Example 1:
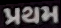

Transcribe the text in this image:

પ્રથમ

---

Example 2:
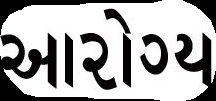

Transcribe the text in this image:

આરોગ્ય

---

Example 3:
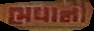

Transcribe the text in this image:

ભવાની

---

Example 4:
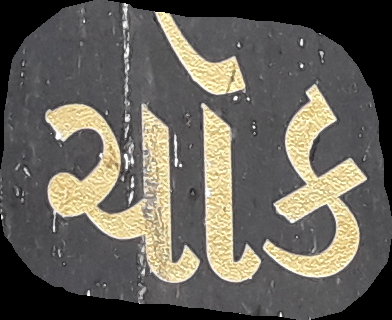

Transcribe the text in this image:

ચૉક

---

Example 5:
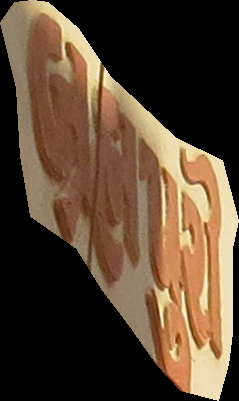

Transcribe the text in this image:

લહ્મપુરી